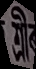
শ্ৰী